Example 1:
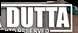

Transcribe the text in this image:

DUTTA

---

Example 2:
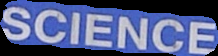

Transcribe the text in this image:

SCIENCE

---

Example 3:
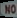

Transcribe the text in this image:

NO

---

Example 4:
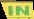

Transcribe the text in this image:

IN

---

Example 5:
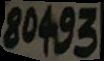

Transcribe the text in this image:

80493